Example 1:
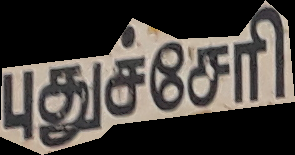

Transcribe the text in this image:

புதுச்சோி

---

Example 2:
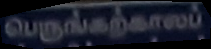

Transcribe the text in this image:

பெருங்கற்காலப்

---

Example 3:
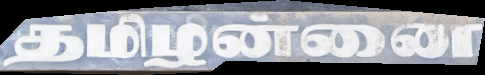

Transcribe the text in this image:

தமிழன்னை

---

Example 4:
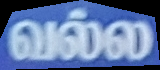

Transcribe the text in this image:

வல்ல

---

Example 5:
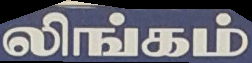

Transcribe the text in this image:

லிங்கம்